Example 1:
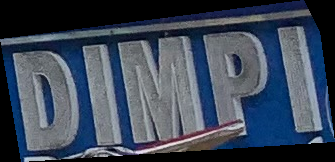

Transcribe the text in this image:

DIMPI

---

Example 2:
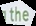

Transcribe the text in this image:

the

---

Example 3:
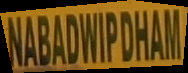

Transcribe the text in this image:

NABADWIPDHAM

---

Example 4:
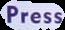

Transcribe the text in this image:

Press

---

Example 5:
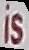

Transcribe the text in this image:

is